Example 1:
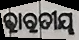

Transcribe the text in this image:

ଭାରତୀୟ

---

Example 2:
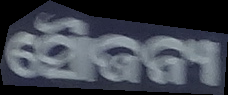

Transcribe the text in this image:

ସୈଜବ୍ଯ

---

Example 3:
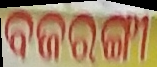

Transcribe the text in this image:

ବଜରଙ୍ଗା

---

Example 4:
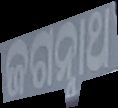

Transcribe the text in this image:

ଜଗନ୍ନାଥ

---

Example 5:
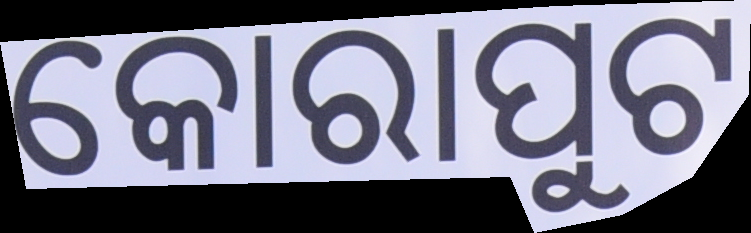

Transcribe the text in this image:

କୋରାପୁଟ